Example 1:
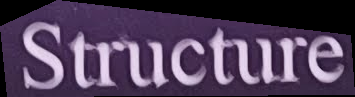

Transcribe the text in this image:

Structure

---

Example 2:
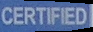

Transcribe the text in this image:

CERTIFIED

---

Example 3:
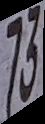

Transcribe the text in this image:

73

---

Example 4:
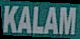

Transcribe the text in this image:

KALAM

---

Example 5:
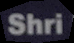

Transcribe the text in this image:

Shri